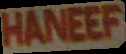
HANEEF